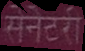
सेनेटरी